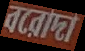
বরোদা